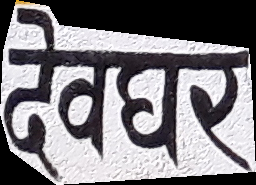
देवघर